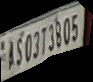
AS03T3805